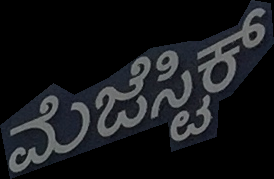
ಮಜೆಸ್ಟಿಕ್